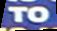
TO